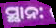
ସ୍ଥାନ: